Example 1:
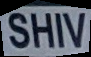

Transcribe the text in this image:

SHIV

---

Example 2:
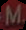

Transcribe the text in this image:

M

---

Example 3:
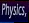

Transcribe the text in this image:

Physics,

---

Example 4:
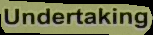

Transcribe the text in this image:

Undertaking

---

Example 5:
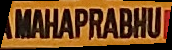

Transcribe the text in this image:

MAHAPRABHU